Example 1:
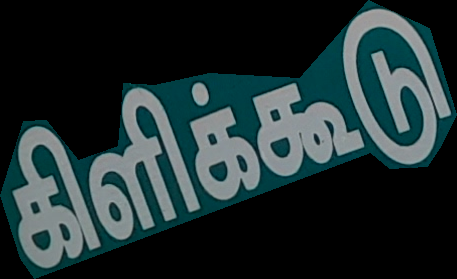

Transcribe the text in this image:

கிளிக்கூடு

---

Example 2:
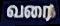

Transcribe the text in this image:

வரை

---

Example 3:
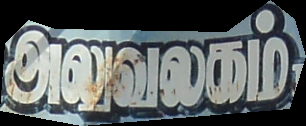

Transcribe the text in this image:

அலுவலகம்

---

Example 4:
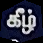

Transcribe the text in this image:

கீழ்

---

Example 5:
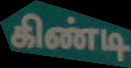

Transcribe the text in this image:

கிண்டி